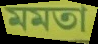
মমতা